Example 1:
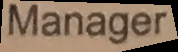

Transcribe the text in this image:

Manager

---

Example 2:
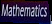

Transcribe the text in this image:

Mathematics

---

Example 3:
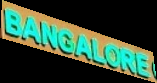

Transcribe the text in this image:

BANGALORE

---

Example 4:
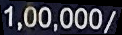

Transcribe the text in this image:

1,00,000/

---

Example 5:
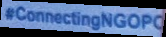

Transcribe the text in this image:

#ConnectingNGOPC